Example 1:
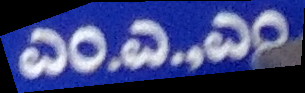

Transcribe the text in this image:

ಎಂ.ಎ.,ಎಂ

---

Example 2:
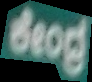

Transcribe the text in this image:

ಕೇಂದ್ರ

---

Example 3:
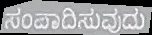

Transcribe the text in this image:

ಸಂಪಾದಿಸುವುದು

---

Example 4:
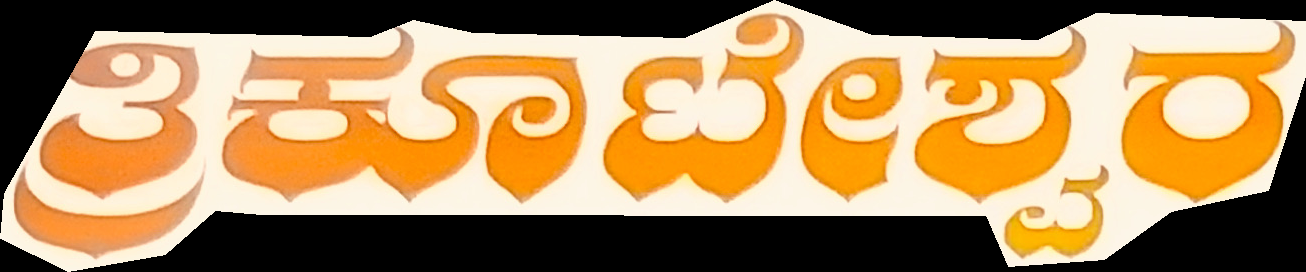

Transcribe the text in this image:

ತ್ರಿಕೂಬೇಶ್ವರ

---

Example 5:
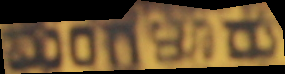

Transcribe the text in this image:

ಮಂಗಳೂರು